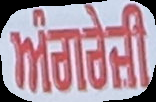
ਅੰਗਰੇਜੀ